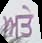
ਅਤੇ